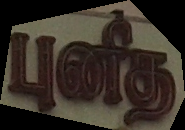
பனீத